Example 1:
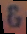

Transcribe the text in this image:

&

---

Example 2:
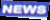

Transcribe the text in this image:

NEWS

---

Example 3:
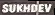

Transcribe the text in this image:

SUKHDEV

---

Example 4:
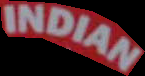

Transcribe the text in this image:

INDIAN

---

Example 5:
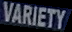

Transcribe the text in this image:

VARIETY